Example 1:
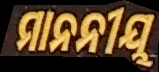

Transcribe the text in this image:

ମାନନୀୟ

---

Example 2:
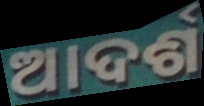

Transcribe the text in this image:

ଆଦର୍ଶ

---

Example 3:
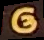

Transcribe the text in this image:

ଓ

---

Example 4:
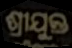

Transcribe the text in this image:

ଶ୍ରୀଯୁକ୍ତ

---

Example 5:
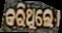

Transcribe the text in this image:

କରିଥିଲେ ।